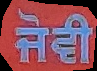
ਜੇਵੀ